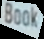
Book